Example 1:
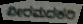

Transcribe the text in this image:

ವೀರಮದಕರಿ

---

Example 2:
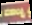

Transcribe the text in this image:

ಮಹಾಲಕ್ಷ್ಮಿ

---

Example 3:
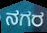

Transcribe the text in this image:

ನಗರ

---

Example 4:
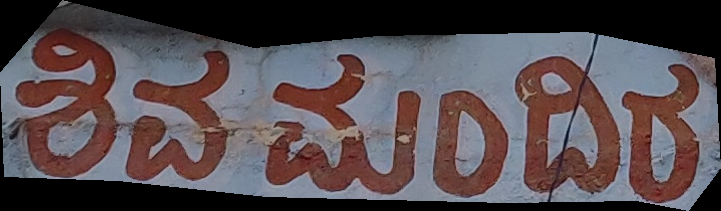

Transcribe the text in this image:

ಶಿವಮಂದಿರ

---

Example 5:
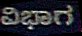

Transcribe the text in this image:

ವಿಭಾಗ